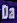
Da